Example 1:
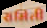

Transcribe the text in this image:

समिती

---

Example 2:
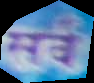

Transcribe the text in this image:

सर्वे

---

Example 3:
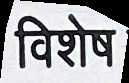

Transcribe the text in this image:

विशेष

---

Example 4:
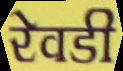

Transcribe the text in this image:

रेवडी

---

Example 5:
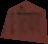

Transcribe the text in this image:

2 टियर